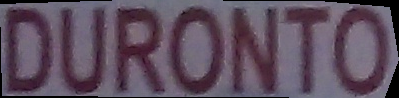
DURONTO